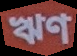
ঋণ